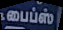
பைப்ஸ்